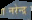
नरेन्द्र